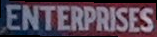
ENTERPRISES